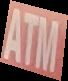
ATM